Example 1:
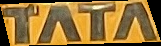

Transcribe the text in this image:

TATA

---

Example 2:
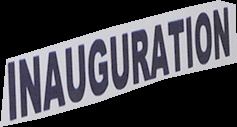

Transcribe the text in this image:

INAUGURATION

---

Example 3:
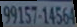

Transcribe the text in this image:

99157-14564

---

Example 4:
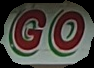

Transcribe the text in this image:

GO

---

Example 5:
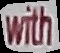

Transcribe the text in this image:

with